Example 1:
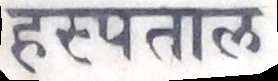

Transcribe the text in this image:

हस्पताल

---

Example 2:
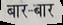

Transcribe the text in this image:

बार-बार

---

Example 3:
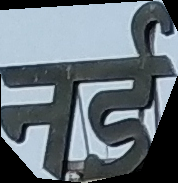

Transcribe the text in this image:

नई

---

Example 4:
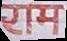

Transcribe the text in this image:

राम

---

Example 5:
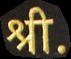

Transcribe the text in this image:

श्री.